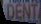
DENT